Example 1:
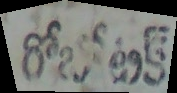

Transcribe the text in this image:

గోబోటక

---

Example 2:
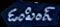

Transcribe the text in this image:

ఓంపింగ్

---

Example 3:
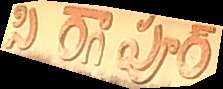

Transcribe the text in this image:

సిగ్గావుర్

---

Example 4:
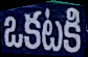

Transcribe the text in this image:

ఒకటకి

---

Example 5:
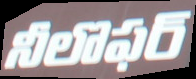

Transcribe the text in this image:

నీలొఫర్